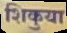
शिकुया